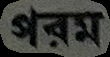
পরম